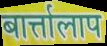
बार्त्तालाप